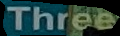
Three